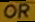
OR